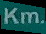
Km.